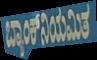
ಬ್ಯಾಂಕ್ನಿಯಮಿತ